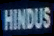
HINDUS